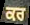
ਕਰ